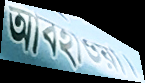
আবহাওয়া।